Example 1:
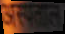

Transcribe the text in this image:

अस्पताल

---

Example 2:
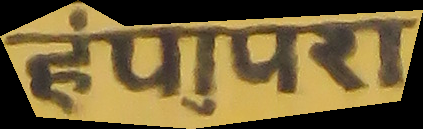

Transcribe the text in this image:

हंपापरा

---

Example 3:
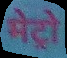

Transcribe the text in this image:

मेट्रो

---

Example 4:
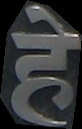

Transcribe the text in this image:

हे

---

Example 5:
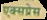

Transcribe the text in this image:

एक्सप्रेस